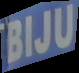
BIJU